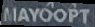
MAYOOPT